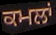
ਕਮਲਾਂ